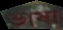
ভাষা